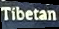
Tibetan